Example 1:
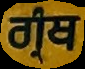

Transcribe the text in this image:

ਗ੍ਰੰਥ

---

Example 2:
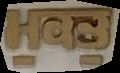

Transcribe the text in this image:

ਮੁਕਤੁ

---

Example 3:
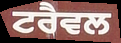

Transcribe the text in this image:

ਟਰੈਵਲ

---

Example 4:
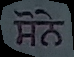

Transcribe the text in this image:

ਸੋਨੇ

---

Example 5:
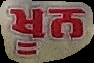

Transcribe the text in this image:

ਖੂਨ